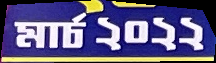
মার্চ২০২২